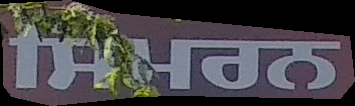
ਸਿਮਰਨ